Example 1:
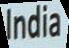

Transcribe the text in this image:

India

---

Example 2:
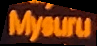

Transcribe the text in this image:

Mysuru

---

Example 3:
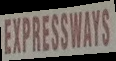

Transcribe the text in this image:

EXPRESSWAYS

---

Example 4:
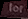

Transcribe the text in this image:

for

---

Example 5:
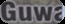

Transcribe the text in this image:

Guwa